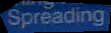
Spreading